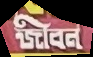
জীবন